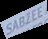
SABZEE